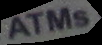
ATMs